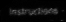
Instructions